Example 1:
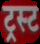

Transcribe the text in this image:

ट्रस्ट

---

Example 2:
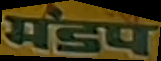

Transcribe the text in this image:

मंडप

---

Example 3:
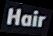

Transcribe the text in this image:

प्तगर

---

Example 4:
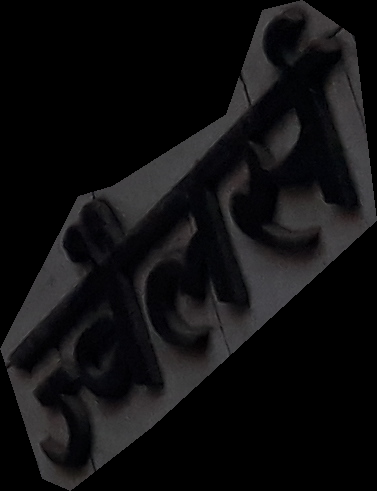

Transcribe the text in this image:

ज्वैलर्स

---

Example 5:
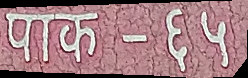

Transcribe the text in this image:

पाक-६५